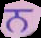
ਨ